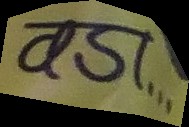
वडा...